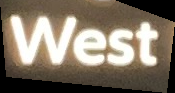
West